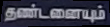
தண்டனையும்